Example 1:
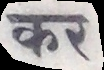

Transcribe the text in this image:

क‍र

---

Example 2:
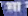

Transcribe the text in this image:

मा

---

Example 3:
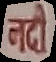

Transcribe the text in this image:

नदी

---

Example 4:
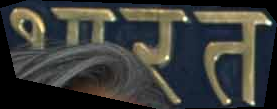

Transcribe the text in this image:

भारत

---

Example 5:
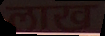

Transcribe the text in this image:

लाख